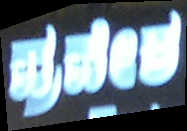
ಪ್ರಸೇಶ